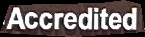
Accredited